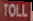
TOLL